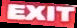
EXIT